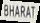
BHARAT